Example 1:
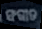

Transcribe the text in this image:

ସଂଗୀତ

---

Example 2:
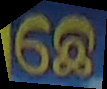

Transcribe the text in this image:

ଛେ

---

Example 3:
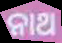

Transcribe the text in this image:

ନାଥ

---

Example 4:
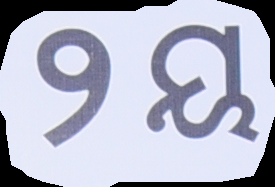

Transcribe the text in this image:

୨ୟ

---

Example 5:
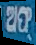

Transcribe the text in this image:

ଅଫ୍